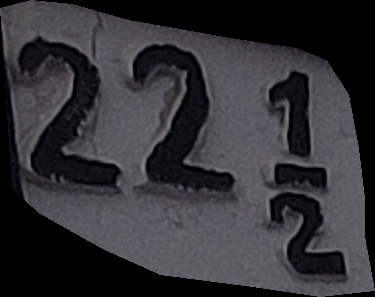
22 1/2